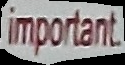
important.